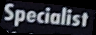
Specialist